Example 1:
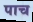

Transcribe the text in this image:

पाच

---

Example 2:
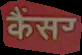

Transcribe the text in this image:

कैंसर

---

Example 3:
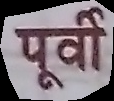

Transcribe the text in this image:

पूर्वी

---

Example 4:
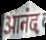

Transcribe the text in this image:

आनंद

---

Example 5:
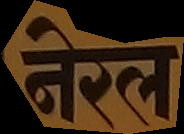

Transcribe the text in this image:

नेरल